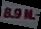
8.9N.